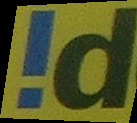
id